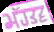
ਮੱਹਤਵ